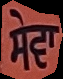
ਸੇਵਾ